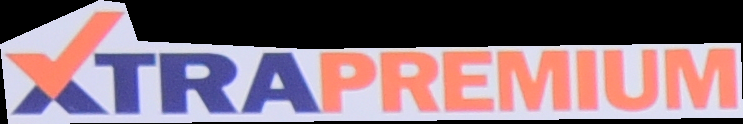
XTRAPREMIUM